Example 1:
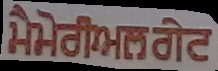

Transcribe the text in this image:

ਮੈਮੇਰੀਅਲਗੇਟ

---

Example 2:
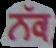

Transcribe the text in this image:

ਨੱਕ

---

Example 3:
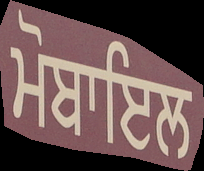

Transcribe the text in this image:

ਮੋਬਾਇਲ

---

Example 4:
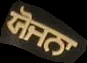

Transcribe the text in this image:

ਯੋਜਨਾ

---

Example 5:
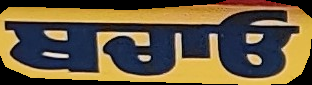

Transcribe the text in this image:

ਯਚਾਓ